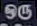
ஒரு